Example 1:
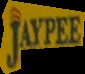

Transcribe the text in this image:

JAYPEE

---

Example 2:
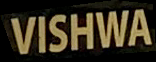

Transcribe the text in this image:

VISHWA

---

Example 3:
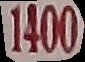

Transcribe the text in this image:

1400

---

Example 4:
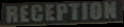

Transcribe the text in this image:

RECEPTION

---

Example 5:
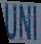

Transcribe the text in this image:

UNI